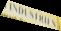
INDUSTRIES